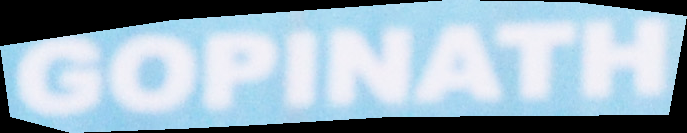
GOPINATH